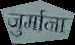
जुर्माना